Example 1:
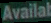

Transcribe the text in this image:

Availab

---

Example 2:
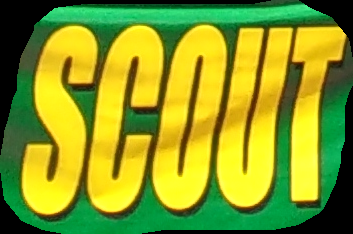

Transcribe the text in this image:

SCOUT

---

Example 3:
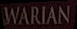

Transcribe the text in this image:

WARIAN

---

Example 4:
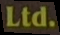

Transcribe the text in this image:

Ltd.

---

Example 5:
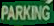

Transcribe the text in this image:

PARKING